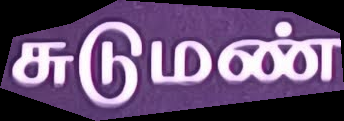
சுடுமண்